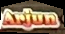
Arjun